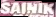
541918